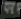
पर